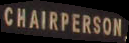
CHAIRPERSON,